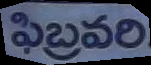
ఫిబ్రవరి